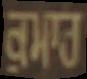
ਕਮਾਹ